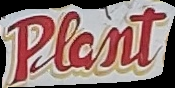
Plant